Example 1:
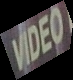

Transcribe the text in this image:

VIDEO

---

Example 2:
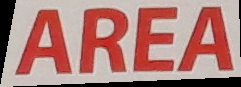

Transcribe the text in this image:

AREA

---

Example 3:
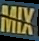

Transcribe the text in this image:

MIX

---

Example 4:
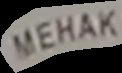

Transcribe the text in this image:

MEHAK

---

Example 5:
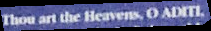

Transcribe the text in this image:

Thou art the Heavens O ADITI